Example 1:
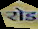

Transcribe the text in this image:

रोड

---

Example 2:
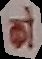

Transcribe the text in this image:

काे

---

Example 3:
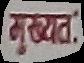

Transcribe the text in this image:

मुख्यतः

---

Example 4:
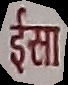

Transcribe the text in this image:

ईसा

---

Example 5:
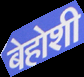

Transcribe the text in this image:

बेहोशी